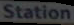
Station